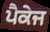
ਪੈਕੇਜ